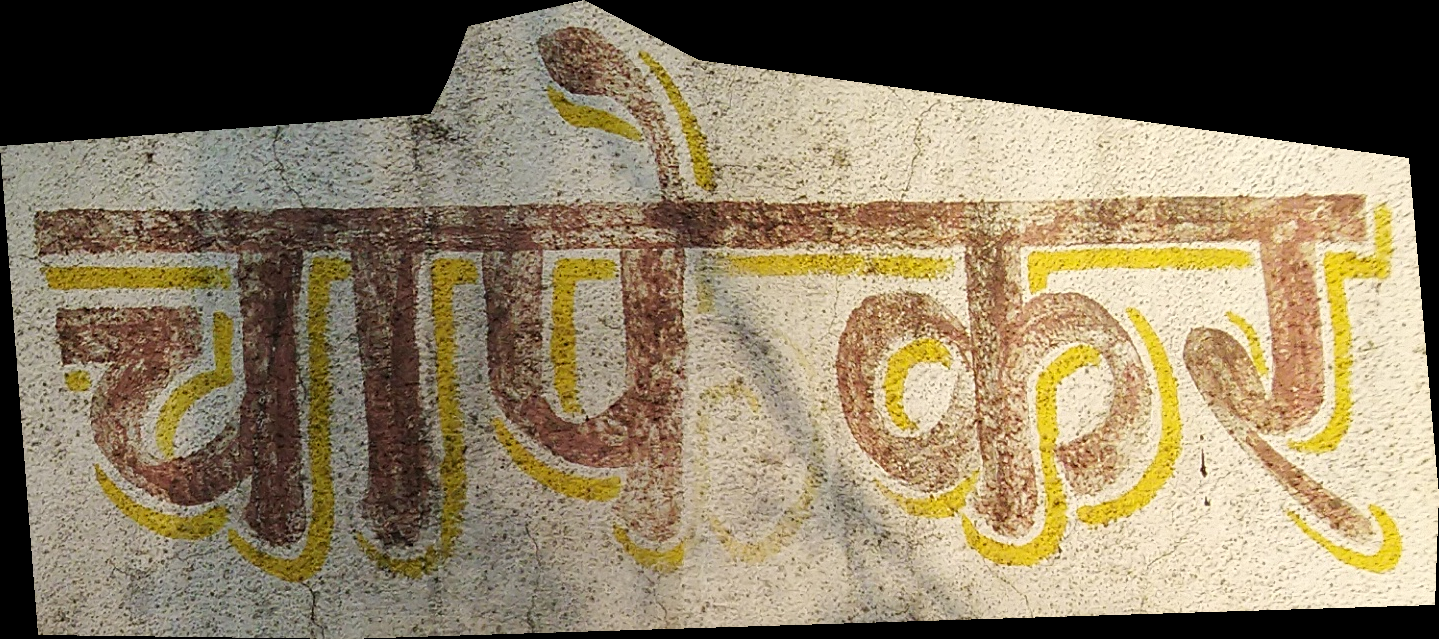
चापेकर